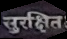
सुरक्षित